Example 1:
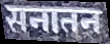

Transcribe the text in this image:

सनातन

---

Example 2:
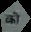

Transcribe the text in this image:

को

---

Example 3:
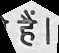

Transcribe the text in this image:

हैं।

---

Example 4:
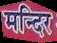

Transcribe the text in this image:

मन्दिर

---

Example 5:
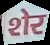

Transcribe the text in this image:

शेर